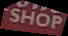
SHOP